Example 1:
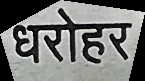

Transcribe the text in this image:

धरोहर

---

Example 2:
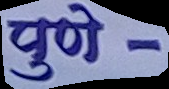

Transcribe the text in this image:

पुणे-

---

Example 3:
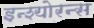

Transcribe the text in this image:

इन्श्योरन्स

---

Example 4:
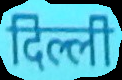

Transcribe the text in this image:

दिल्ली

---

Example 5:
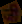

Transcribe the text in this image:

जी